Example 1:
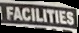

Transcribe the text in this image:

FACILITIES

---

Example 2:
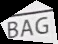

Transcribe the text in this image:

BAG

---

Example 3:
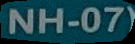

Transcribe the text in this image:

NH-07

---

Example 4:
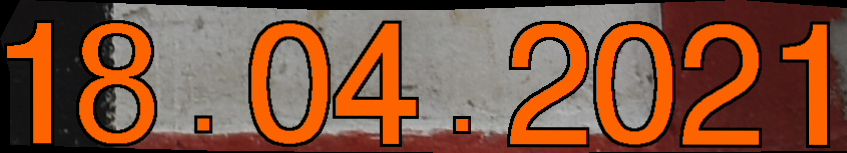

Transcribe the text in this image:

18.04.2021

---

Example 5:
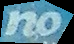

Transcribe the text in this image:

no